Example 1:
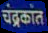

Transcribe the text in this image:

चंद्रकांत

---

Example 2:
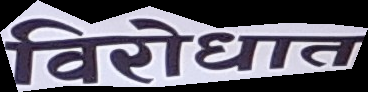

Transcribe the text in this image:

विरोधात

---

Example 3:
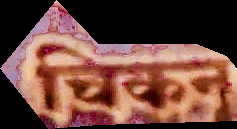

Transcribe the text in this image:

चिकन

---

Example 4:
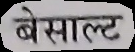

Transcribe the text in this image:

बेसाल्ट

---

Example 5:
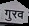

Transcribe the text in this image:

गुरव